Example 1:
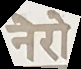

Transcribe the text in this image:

नेरो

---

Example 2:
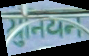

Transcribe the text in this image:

युनियन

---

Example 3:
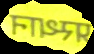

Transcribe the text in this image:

प्रस्थान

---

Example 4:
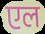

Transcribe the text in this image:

एल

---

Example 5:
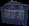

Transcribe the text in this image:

अग्रेजी